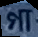
গা